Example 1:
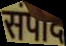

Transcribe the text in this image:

संपाद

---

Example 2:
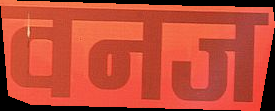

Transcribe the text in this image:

वनज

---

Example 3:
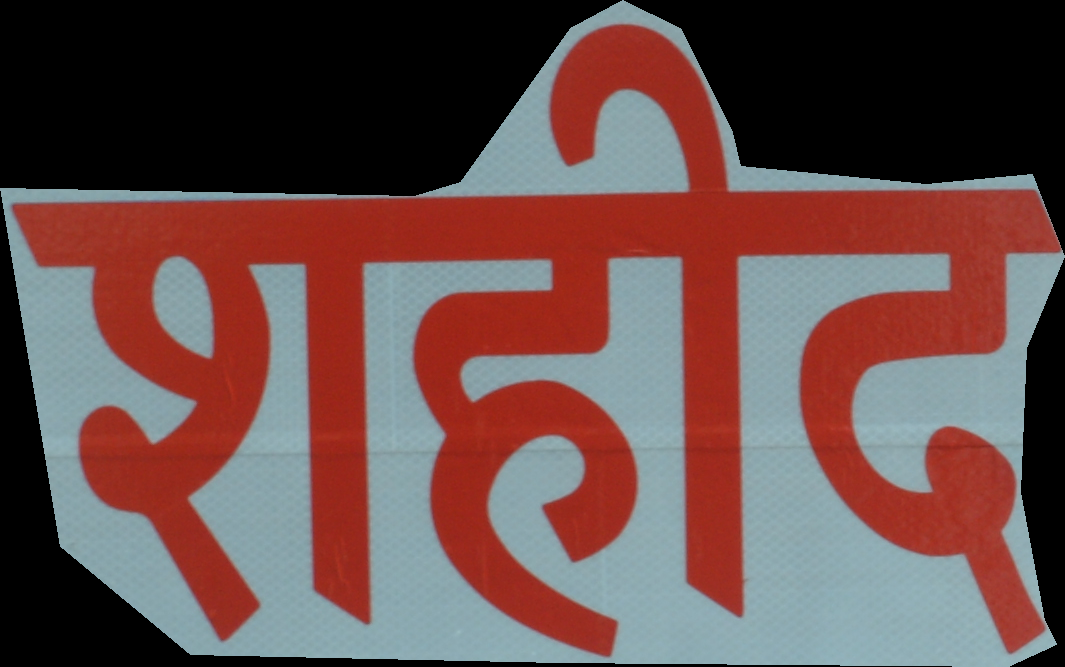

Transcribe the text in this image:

शहीद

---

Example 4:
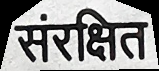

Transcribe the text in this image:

संरक्षित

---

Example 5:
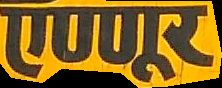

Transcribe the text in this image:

एण्णूर